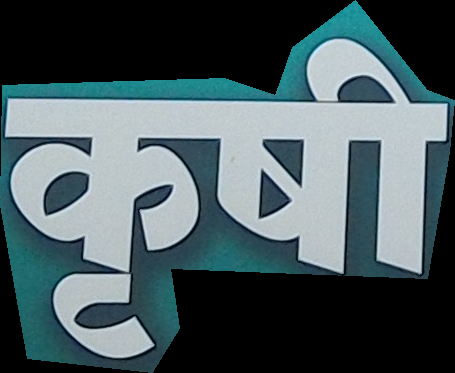
कृषी